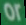
or